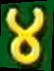
४